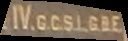
IV.G.C.S.GBE